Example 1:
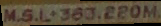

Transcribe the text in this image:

M.S.L+383.220M.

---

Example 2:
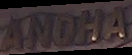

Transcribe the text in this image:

ANDHA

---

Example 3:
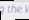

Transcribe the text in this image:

the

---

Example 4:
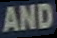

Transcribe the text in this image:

AND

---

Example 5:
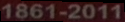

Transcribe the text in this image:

1861-2011